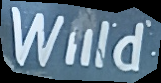
Willd